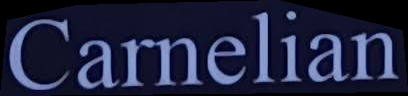
Carnelian